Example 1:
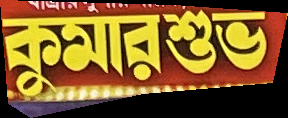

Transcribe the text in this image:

কুমারশুভ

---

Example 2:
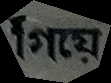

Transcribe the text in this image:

গিয়ে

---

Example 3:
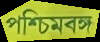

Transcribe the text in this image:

পশ্চিমবঙ্গ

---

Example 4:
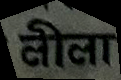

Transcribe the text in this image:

লীলা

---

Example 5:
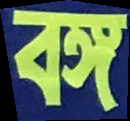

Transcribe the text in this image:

বঙ্গ